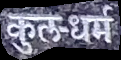
कुल-धर्म